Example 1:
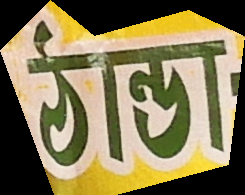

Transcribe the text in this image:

ঠান্ড৷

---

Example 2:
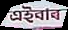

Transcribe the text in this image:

এইবাৰ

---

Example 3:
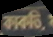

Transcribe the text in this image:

কাকতি,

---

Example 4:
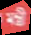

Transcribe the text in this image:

মন্ত্ৰী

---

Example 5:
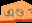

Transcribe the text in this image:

এণ্ড